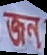
জন